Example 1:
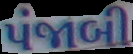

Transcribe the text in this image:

પંજાબી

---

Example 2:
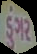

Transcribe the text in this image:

ડુંગર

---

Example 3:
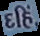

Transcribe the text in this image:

દહિ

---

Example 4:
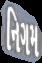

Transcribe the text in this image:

નિગમ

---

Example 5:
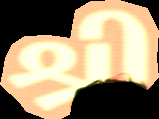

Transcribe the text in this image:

શ્રી